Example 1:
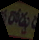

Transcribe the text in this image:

రోడ్డ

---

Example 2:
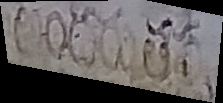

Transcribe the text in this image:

అందరుతన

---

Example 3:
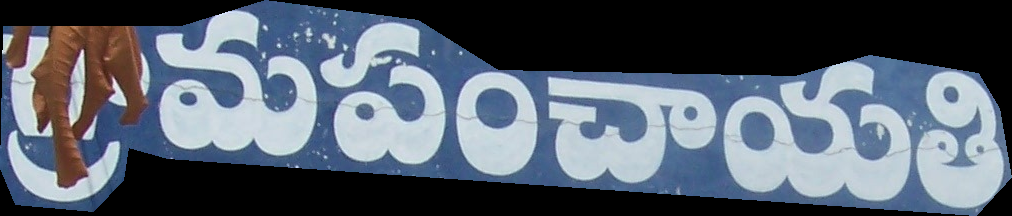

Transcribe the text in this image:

గ్రామపంచాయతి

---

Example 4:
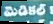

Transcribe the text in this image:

మెడికల్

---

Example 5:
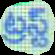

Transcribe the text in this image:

ట్రస్ట్